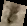
है